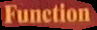
Function